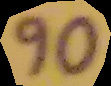
१0